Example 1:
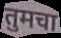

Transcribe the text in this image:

तुमचा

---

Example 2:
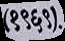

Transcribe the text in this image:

(१९६९).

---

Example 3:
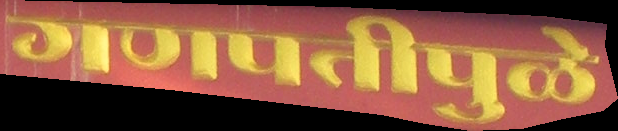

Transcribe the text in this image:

गणपतीपुळे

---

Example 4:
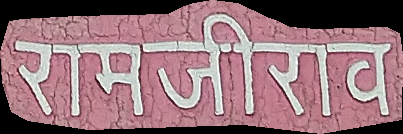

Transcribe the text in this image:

रामजीराव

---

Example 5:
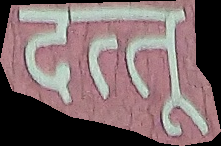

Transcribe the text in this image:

दत्तू